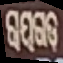
ଋୟଗଡ଼